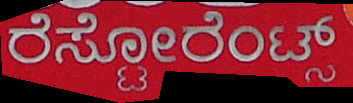
ರಸ್ಟೋರೆಂಟ್ಸ್